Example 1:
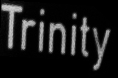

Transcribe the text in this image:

Trinity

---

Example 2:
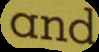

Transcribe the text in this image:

and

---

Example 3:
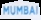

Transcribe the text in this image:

MUMBAI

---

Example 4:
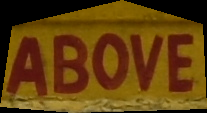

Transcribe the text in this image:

ABOVE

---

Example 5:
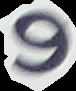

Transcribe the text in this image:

9